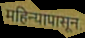
महिन्यापासून